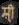
ਸ੍ਰੀ